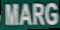
MARG